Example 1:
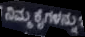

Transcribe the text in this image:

ನಿಮ್ಮಕೈಗಳನ್ನು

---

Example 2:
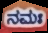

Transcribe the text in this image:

ನಮಃ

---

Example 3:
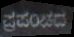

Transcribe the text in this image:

ಪ್ರಪಂಚದ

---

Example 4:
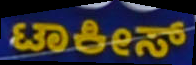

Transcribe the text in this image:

ಟಾಕೀಸ್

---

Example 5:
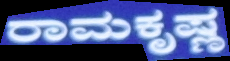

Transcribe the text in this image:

ರಾಮಕೃಷ್ಣ